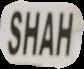
SHAH